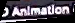
Animation